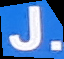
J.